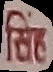
सिंह